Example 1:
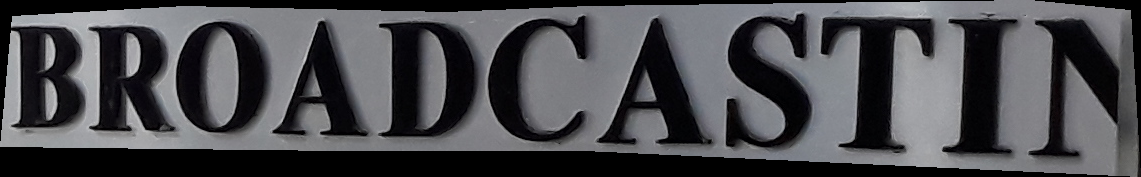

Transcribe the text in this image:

BROADCASTIN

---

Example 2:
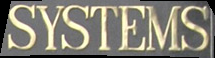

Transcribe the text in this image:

SYSTEMS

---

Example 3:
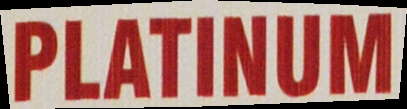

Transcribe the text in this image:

PLATINUM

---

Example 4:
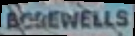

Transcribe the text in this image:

BOREWELLS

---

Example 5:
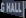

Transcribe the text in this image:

GHALL